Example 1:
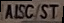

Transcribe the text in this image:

AISC/ST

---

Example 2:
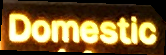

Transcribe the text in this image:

Domestic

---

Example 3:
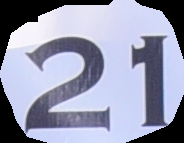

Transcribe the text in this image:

21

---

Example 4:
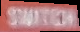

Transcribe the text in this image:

SWITCH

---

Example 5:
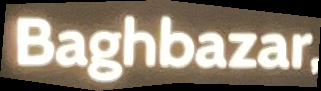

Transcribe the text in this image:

Baghbazar,